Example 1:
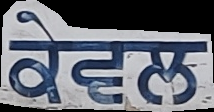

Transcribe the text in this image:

ਕੇਵਲ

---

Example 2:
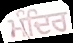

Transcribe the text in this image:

ਮੰਦਿਰ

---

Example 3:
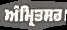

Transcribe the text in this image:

ਅੰਮ੍ਰਿਤਸਰ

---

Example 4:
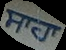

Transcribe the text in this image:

ਸਾਹਾ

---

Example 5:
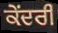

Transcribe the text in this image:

ਕੇਦਈ